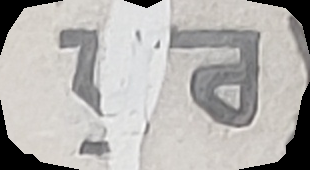
ਰ